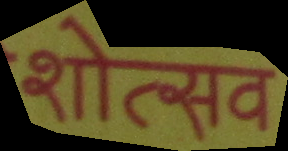
शोत्सव